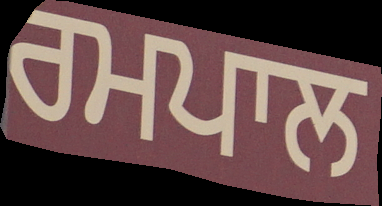
ਰਮਪਾਲ